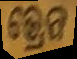
କ୍ରେଜ